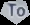
To